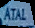
ATAL